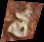
శ.